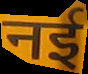
नई